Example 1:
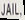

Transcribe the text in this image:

JAIL,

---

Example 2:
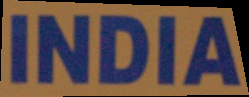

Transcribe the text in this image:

INDIA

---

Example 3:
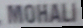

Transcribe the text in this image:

MOHALI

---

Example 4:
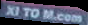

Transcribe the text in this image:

XITOM.com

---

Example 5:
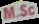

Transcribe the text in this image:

M.Sc